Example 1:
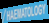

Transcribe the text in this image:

/HAEMATOLOGY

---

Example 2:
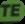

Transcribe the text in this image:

TE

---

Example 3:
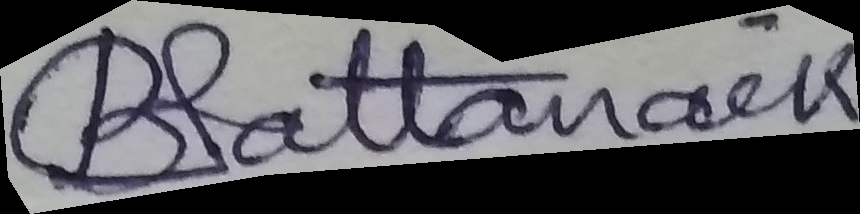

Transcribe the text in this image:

Blattanaik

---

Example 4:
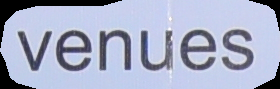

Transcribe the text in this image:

venues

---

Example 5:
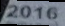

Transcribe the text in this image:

2016